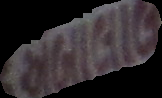
અબાલાલ